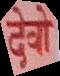
देवो